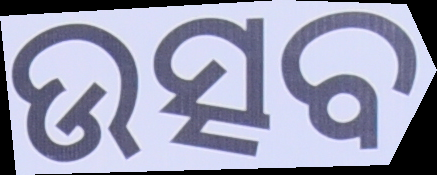
ଉତ୍ସବ